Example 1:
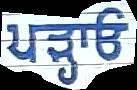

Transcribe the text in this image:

ਪੜ੍ਹਾਓ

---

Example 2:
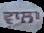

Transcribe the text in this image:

ਵਾਲਾ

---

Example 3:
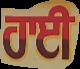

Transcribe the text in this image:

ਹਾਈ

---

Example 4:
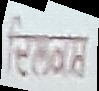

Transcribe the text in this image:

ਦਿਲਕਸ਼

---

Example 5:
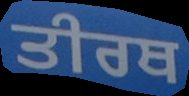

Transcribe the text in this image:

ਤੀਰਥ